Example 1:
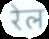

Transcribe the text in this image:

रेल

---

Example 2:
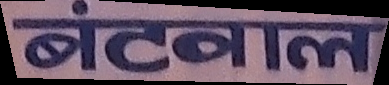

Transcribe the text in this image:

बंटवाल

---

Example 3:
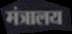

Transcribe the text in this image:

मंत्रालय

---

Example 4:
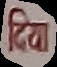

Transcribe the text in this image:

दिया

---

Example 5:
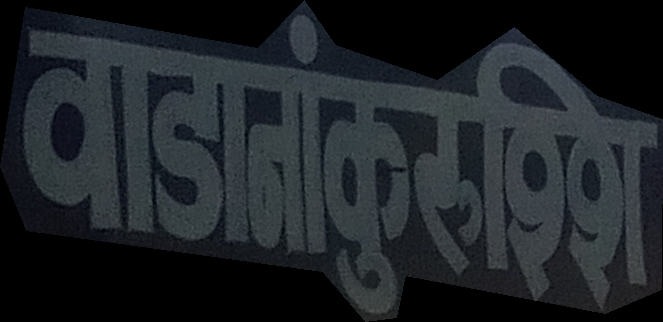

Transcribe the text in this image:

वाडानांकुरूश्शि